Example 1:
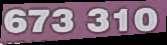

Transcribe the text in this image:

673310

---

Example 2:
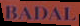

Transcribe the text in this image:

BADAL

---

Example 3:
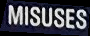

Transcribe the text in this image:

MISUSES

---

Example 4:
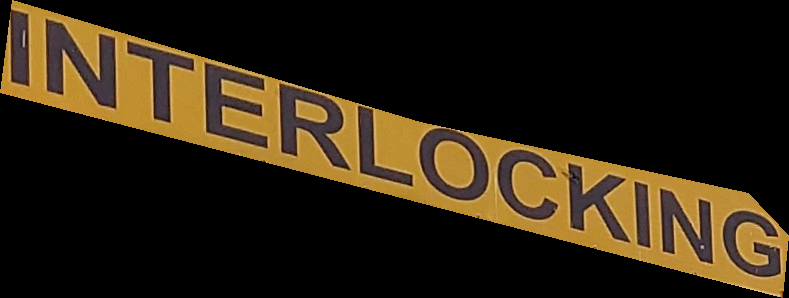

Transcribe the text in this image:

INTERLOCKING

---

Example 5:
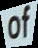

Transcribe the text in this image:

of